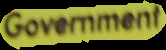
Government